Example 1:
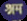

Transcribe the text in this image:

श्रम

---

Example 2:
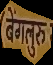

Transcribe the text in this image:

बेंगलुरु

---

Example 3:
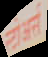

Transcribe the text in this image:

स्टोअर्स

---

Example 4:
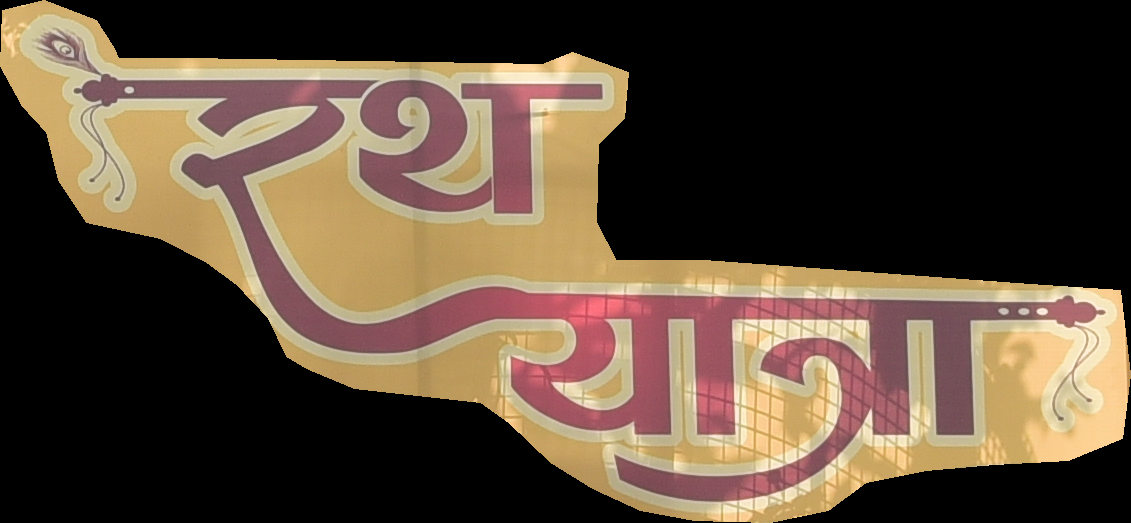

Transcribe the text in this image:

रथयात्रा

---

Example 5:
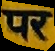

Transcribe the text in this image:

पर